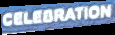
CELEBRATION